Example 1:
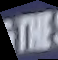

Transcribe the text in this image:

THE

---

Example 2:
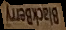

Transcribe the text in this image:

BlackBerry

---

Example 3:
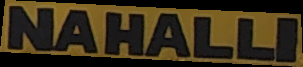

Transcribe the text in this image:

NAHALLI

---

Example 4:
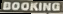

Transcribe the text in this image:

BOOKING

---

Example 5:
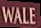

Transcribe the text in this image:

WALE